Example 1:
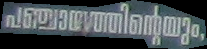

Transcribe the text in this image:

പഞ്ചായത്തിന്റെയും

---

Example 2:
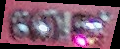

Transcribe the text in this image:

ബേങ്ക്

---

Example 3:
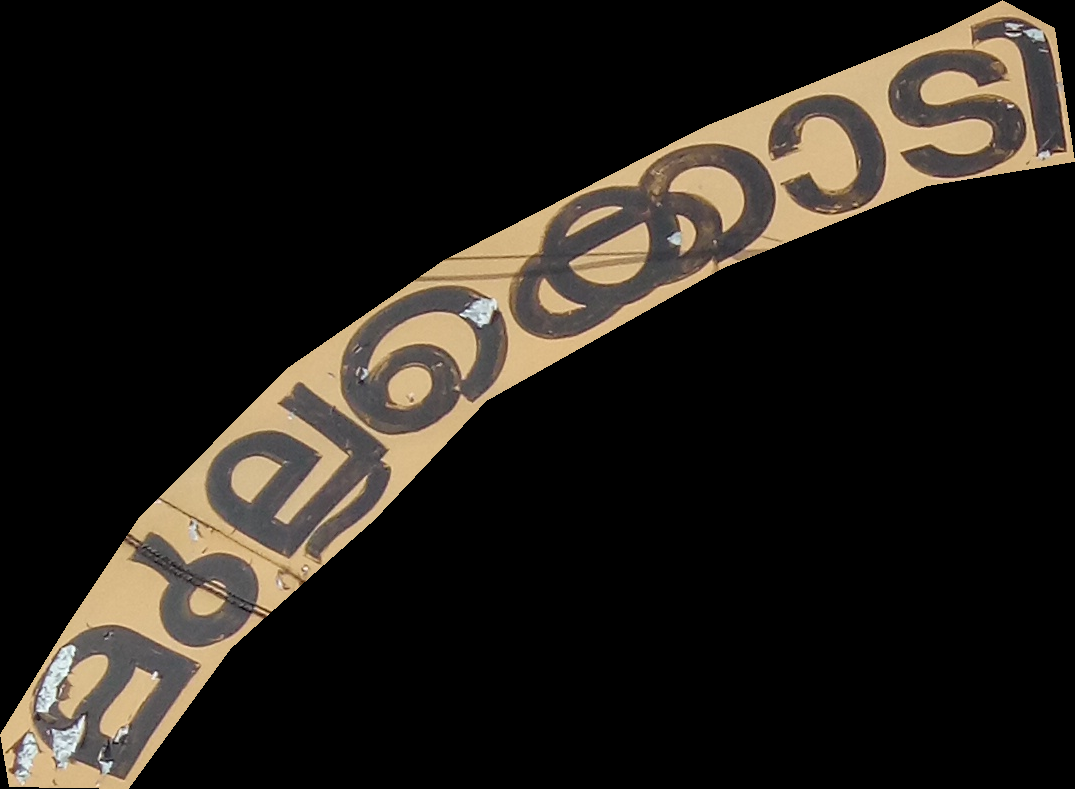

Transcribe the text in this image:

മുല്ലക്കൊടി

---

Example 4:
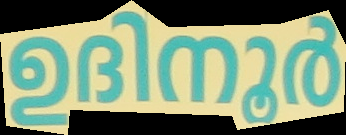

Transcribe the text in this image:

ഉദിനൂർ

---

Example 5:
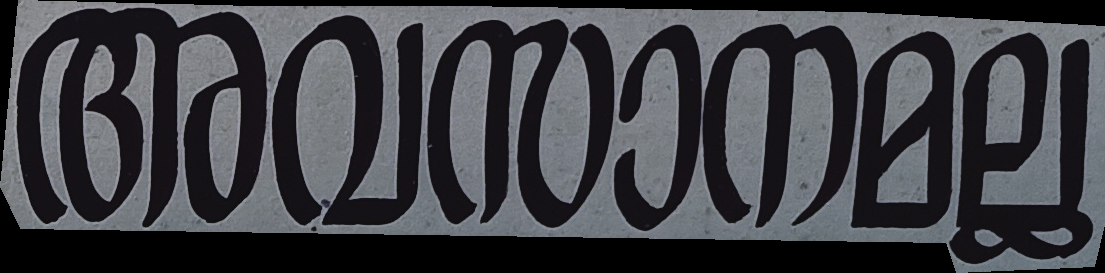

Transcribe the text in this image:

അവസാനമല്ല